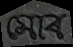
মোৰ